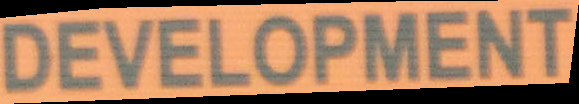
DEVELOPMENT